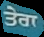
ਤੇਗ